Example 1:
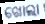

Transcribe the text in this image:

ଖୋଲା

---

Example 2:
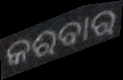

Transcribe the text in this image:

କରବାର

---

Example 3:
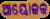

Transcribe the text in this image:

ଆୟୋଜକ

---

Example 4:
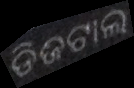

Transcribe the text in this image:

ଡିଜଟାଲ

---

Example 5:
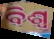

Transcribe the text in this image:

ବିଶ୍ବ